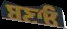
ਬਣਾਓ